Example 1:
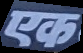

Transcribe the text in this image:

एक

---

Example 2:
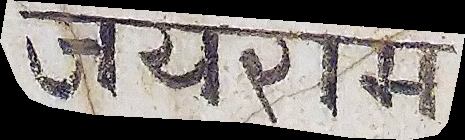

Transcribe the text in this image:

जयराम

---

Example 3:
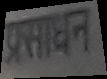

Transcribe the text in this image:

प्रसाधन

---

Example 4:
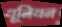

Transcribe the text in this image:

यूनियन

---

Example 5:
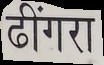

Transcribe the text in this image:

ढींगरा